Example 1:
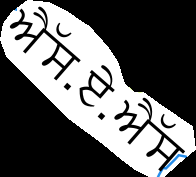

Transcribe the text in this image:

ਐੱਸ.ਏ.ਐੱਸ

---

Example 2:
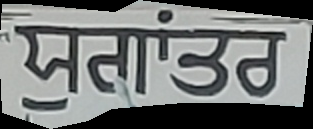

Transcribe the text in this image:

ਯੁਗਾਂਤਰ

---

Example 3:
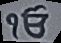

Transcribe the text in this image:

੧ਓ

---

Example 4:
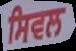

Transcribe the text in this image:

ਸਿਵਲ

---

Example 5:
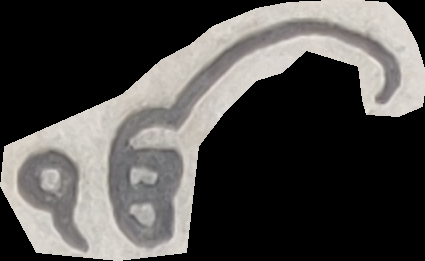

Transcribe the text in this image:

ੴ